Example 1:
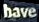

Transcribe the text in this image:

have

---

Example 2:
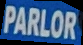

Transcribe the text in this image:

PARLOR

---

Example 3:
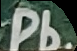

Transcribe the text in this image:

Pb.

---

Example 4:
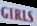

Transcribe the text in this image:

GIRLS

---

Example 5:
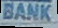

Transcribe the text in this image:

BANK